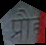
प्रौद्य